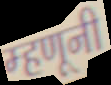
म्हणूनी